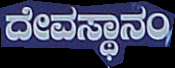
ದೇವಸ್ಥಾನಂ